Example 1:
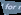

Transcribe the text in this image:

for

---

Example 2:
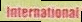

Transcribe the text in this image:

International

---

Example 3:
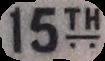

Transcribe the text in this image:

15TH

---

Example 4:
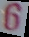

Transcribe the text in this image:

6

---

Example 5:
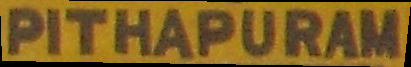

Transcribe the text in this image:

PITHAPURAM